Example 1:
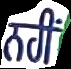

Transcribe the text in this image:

ਨਹੀ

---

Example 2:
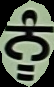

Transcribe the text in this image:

ਨੂੰ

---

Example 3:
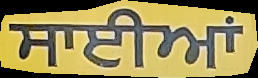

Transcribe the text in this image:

ਸਾਈਆਂ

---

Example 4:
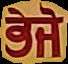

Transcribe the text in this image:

ਭੇਜੋ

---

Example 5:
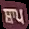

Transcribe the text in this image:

ਥਾਪ